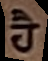
ਹੈ